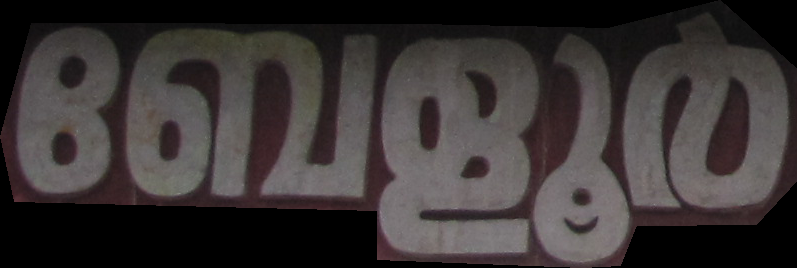
ബേളൂർ